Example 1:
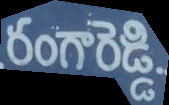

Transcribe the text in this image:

రంగారెడ్డ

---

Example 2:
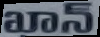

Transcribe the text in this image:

ఖాన్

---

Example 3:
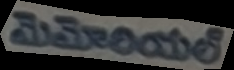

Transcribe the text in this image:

మెమోరియల్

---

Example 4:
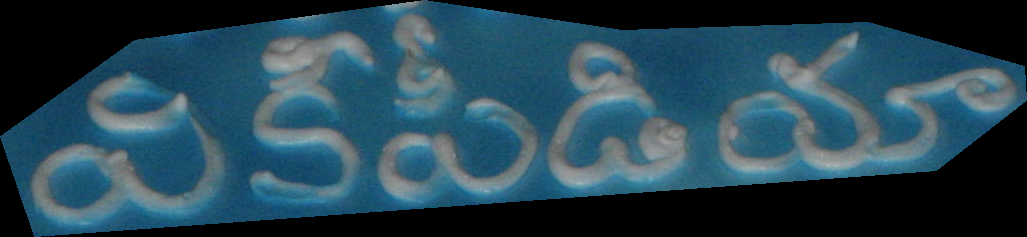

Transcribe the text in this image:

వికీపీడియా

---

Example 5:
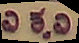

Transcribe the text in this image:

విశృవి